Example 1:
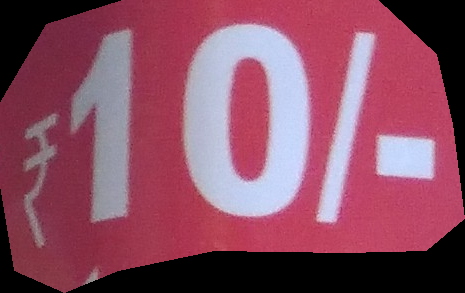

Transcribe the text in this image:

₹10/-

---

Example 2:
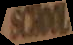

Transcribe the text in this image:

SCHOOL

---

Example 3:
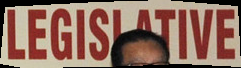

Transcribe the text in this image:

LEGISLATIVE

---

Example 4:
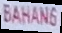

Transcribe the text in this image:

BAHANG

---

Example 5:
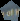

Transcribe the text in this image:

of